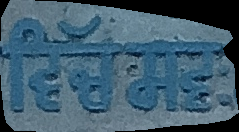
ਵਿੱਚ ਸਵ: